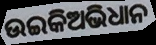
ଉଇକିଅଭିଧାନ